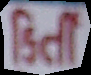
કિર્તી